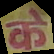
केे